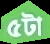
৫টা